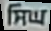
ਸਿਘ